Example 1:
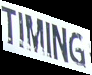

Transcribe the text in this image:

TIMING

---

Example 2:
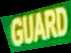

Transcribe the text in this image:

GUARD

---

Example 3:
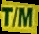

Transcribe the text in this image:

T/M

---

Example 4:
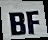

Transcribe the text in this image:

BF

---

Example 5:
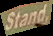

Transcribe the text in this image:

Stand,